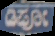
ಡಿಪೋ